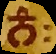
ਨੰਃ